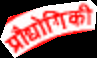
प्रौद्योगिकी